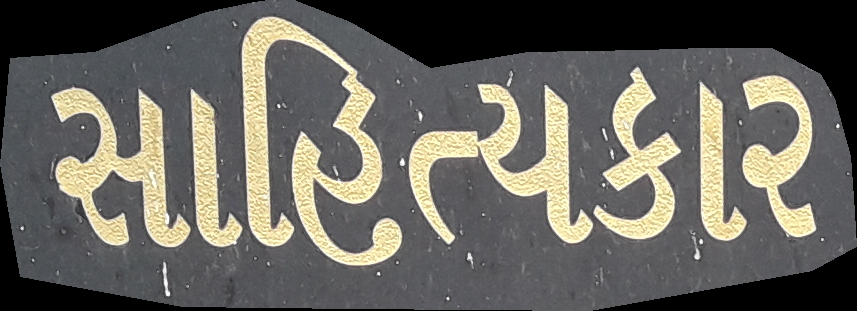
સાહિત્યકાર